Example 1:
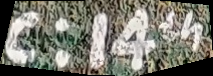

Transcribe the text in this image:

c:14th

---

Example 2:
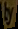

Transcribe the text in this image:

by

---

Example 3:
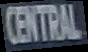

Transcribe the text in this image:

CENTRAL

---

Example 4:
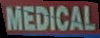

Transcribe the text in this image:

MEDICAL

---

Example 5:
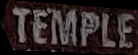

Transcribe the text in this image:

TEMPLE